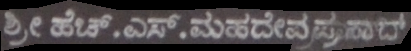
ಶ್ರೀ ಹೆಚ್.ಎಸ್.ಮಹದೇವ ಪ್ರಸಾದ್